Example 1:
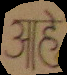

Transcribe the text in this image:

आहे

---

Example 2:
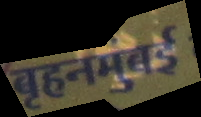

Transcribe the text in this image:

बृहनमुंबई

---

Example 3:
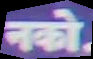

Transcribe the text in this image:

नको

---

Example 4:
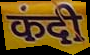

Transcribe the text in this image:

कंदी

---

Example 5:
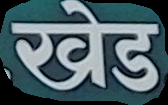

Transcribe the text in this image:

खेड